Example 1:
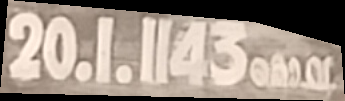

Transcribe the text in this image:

20.1.1143 കൊ.വ.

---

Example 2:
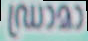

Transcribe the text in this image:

ഡ്രാമാ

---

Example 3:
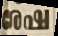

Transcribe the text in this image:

ശ്ഷ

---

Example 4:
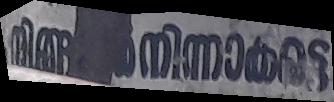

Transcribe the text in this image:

നിത്ഭ നിന്നാകട്ടെ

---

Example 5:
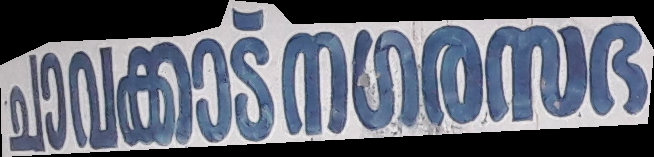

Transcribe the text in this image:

ചാവക്കാട് നഗരസഭ